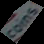
coins